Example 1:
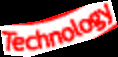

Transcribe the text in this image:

Technology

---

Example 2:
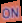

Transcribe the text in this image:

ON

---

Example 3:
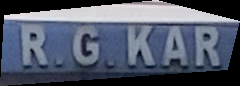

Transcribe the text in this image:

R.G.KAR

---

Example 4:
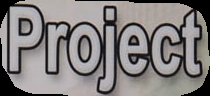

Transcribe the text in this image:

Project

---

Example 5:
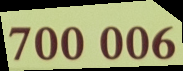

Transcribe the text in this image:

700006